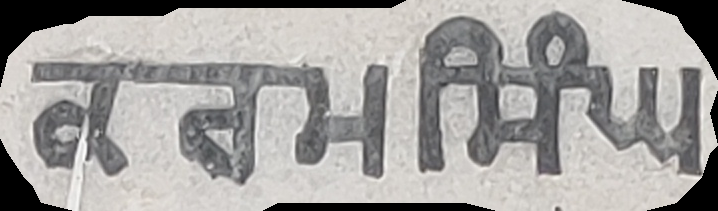
ਕਰਮਸਿੰਘ